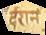
र्दशन